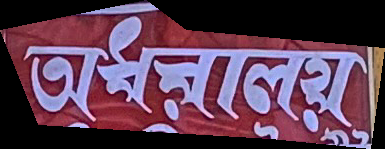
অধরালয়